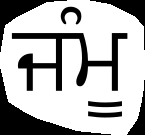
ਜੰਮੂ